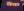
बैंक